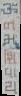
ૐ નમ: શિવાય